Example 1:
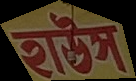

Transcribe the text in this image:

হাউস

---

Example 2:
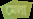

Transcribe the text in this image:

মেলা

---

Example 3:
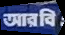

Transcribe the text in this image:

আর বি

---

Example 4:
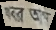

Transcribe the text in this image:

খবরে আপ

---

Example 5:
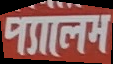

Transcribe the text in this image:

প্যালেস